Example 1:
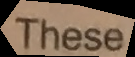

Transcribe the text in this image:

These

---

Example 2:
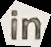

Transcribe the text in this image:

in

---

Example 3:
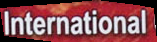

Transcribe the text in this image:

International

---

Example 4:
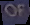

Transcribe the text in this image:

OF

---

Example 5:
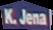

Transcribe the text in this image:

K.Jena